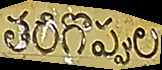
తరిగొప్పుల